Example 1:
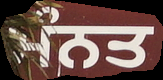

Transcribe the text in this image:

ਮੰਨਤ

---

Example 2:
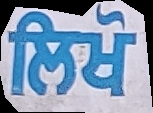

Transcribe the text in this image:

ਲਿਖੋ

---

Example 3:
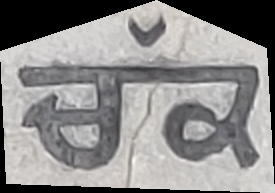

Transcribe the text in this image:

ਚੱਕ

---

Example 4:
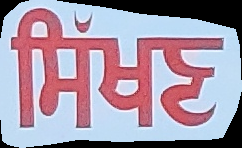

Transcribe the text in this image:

ਸਿੱਖਣ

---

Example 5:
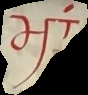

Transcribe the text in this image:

ਮਾਂ